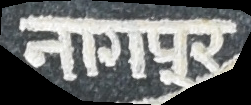
नागपूर